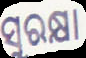
ସୁରକ୍ଷା